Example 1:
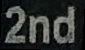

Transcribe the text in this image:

2nd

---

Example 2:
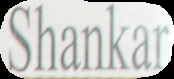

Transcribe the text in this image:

Shankar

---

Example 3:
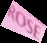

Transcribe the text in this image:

ROSE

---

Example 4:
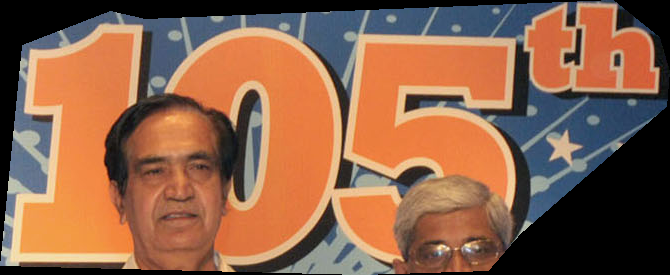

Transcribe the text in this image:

105th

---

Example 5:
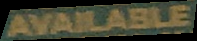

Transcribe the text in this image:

AVAILABLE